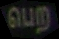
பெற